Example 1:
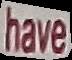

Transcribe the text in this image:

have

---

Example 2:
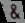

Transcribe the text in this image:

&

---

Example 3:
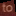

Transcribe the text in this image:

to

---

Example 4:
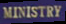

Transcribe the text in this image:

MINISTRY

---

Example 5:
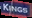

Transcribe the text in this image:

KINGS